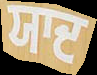
ਯਾਦ